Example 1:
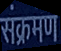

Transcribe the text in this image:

संक्रमण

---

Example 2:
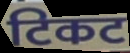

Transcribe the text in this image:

टिकट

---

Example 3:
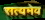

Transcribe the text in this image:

सत्यमेव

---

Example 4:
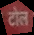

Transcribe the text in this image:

टोल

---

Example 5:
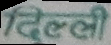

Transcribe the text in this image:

दिल्ली